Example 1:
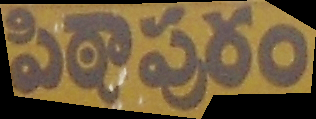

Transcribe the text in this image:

పిఠాపురం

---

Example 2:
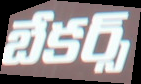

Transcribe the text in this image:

బేకర్స్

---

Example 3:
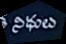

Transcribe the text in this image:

నిధులు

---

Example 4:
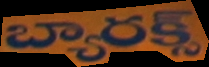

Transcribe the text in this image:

బ్యారక్స్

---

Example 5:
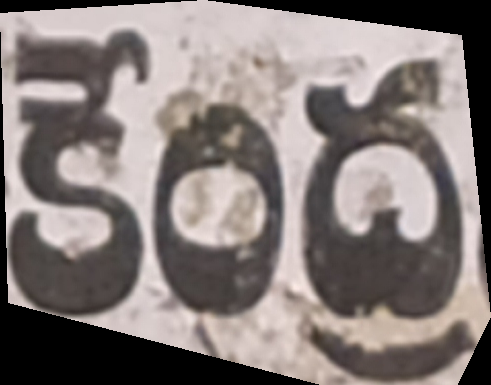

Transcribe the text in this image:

కంద్ర